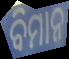
ବିମାନ